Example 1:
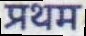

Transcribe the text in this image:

प्रथम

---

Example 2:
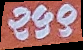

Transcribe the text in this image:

२५९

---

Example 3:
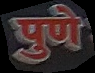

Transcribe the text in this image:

पुणे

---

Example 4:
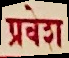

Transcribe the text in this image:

प्रवेश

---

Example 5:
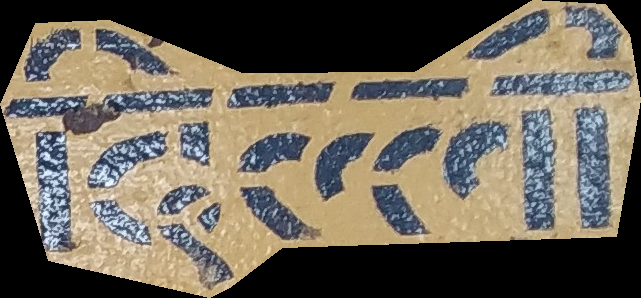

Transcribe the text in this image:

दिल्ली